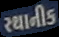
રથાનીક